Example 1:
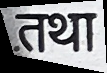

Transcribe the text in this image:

तथा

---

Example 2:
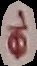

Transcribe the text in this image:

केे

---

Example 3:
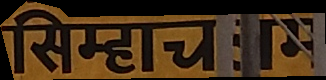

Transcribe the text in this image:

सिम्हाचलम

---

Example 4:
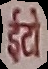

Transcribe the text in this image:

ईटो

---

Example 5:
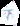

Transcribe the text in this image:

के